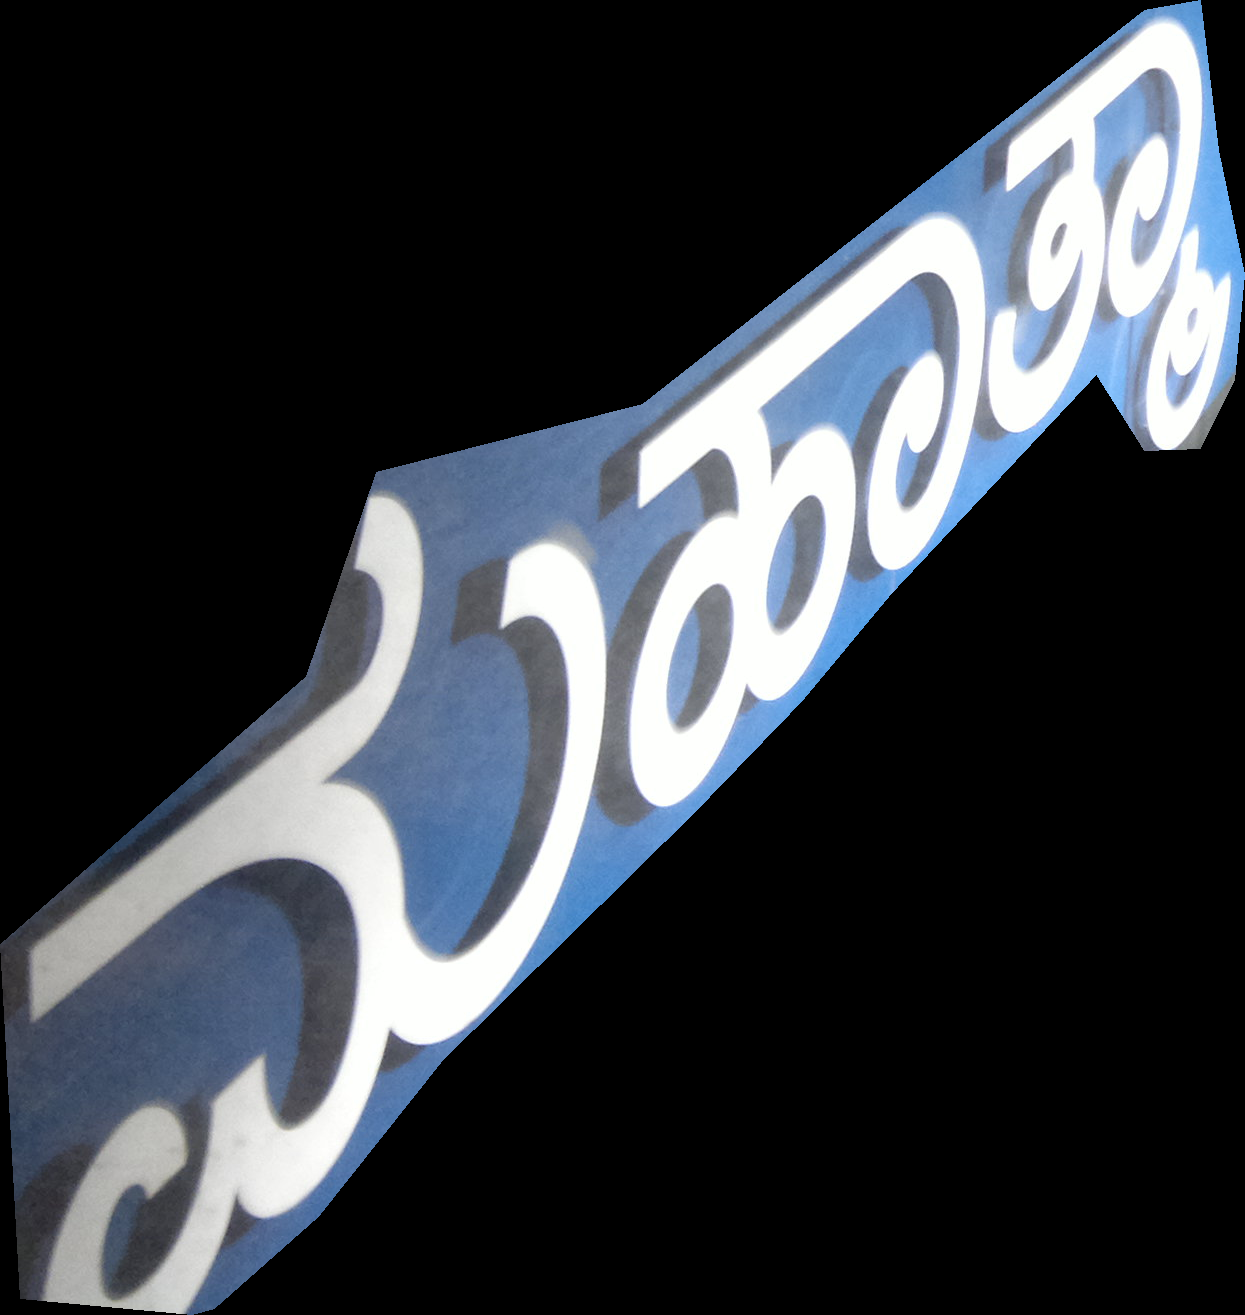
ಮಹಾತ್ಮಾ